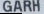
GARH